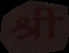
श्री